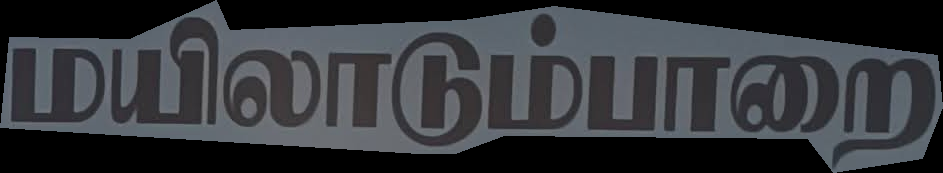
மயிலாடும்பாறை